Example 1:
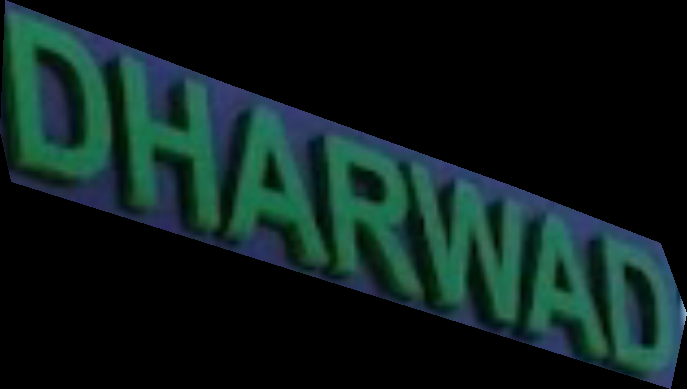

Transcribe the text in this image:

DHARWAD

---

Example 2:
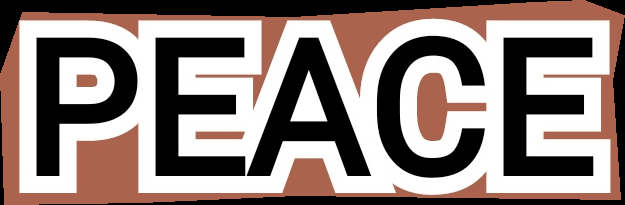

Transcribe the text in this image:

PEACE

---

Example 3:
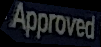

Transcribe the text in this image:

Approved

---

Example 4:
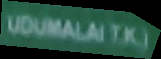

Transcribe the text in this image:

UDUMALAITK)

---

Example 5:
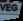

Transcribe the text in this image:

VEG